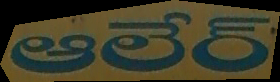
ఆలేర్